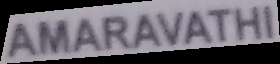
AMARAVATHI